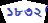
১৮৩২